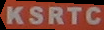
KSRTC